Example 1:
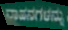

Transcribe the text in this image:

ವಾಹನಗಳನ್ನು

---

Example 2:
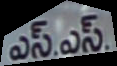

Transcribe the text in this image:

ಎಸಿಎಸಿ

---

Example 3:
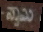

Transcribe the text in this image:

ಸ್ವಾಮಿ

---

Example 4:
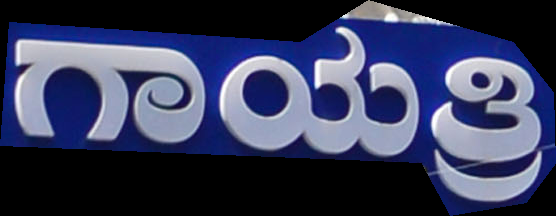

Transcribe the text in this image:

ಗಾಯತ್ರ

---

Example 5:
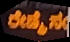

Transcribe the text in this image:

ರೇಷ್ಮನ